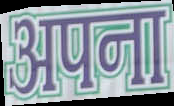
अपना